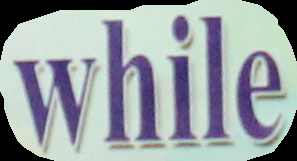
while